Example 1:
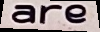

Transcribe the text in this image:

are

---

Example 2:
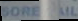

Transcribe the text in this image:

SORE RAIL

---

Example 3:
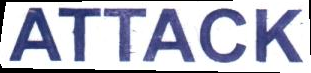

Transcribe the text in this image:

ATTACK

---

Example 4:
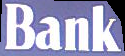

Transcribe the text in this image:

Bank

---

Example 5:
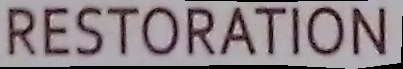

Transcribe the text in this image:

RESTORATION